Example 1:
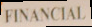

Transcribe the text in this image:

FINANCIAL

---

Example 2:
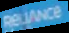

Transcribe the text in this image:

RELIANCE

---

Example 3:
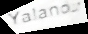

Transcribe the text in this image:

Yalana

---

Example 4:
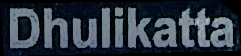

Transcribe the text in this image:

Dhulikatta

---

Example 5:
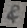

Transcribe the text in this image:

&